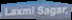
LaxmiSagar,